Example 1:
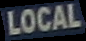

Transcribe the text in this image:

LOCAL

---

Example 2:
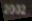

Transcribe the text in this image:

2002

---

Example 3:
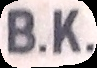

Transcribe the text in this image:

B.K.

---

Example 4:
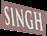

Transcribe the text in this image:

SINGH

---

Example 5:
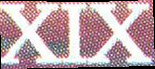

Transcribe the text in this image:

XIX